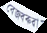
বেজবৰুৱা